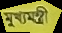
মুখ্যমন্ত্রী